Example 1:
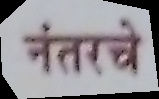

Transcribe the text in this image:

नंतरचे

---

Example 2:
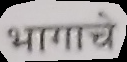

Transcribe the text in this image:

भागाचे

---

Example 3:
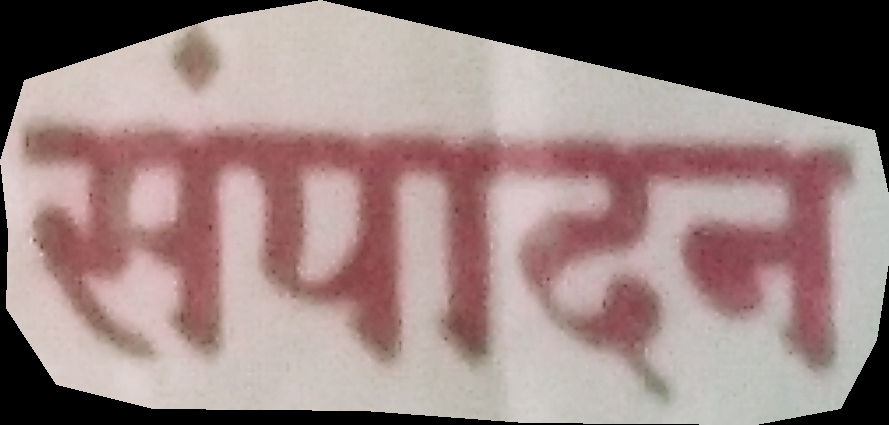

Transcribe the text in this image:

संपादन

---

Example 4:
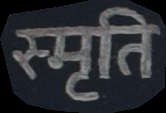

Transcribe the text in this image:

स्मृति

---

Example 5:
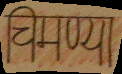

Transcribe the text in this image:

चिमण्या